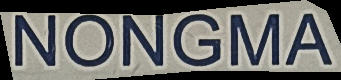
NONGMA